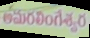
అమరలింగేశ్వర